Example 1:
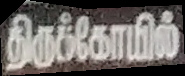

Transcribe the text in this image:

திருக்கோயில்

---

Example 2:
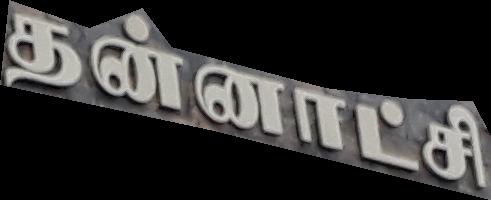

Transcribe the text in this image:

தன்னாட்சி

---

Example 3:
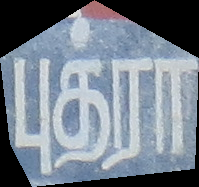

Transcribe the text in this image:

புத்ரா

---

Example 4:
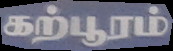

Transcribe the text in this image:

கற்பூரம்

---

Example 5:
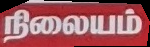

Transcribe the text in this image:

நிலையம்